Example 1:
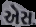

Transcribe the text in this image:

એસ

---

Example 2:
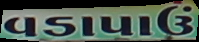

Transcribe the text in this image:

વડાપાઉં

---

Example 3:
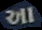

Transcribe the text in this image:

આ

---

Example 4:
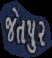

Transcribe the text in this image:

જેતપુ૨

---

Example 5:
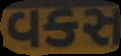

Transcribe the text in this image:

વકસ